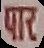
पार